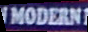
MODERN